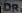
DR